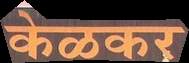
केळकर